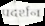
पदर्शन